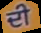
ਦੀ